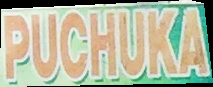
PUCHUKA